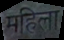
महिला